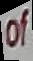
of